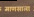
मागसाला